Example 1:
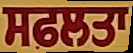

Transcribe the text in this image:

ਸਫਲਤਾ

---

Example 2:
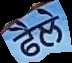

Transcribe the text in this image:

ਫੈਲੇ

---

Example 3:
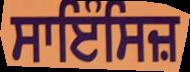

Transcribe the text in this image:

ਸਾਇੰਸਿਜ਼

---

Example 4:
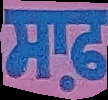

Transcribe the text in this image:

ਸਾਫ਼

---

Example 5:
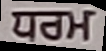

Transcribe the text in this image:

ਧਰਮ